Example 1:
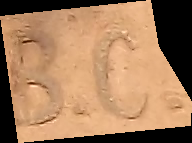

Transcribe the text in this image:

B.C.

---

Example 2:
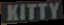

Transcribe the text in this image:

KITTY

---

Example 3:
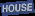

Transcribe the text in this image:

HOUSE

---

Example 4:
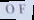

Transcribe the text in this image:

OF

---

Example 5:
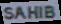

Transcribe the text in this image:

SAHIB